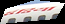
इंडिया